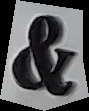
&